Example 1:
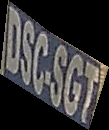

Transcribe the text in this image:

DSC-SGT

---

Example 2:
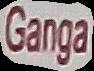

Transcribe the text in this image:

Ganga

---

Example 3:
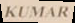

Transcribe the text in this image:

KUMAR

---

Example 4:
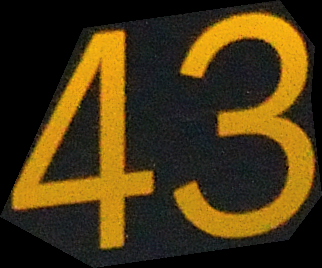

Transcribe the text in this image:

43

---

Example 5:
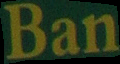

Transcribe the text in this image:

Ban